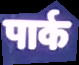
पार्क